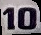
10